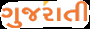
ગુજરાતી